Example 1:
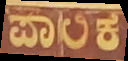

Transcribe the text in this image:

ಪಾಲಕ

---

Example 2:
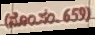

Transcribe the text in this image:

(ಮೊ.ಸಂ.659)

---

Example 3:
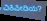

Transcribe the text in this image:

ಎಕಿಪೀಡಿಯ?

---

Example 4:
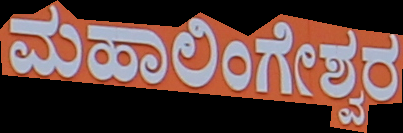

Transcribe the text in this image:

ಮಹಾಲಿಂಗೇಶ್ವರ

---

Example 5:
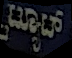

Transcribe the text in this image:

ಟ್ಯೂಟ್